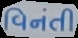
વિનંતી